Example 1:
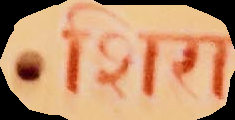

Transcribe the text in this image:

शिरा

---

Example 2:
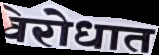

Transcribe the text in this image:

विरोधात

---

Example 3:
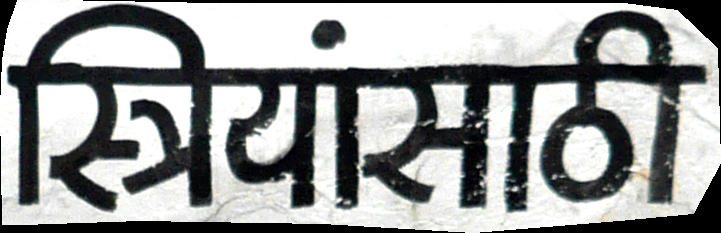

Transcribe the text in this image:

स्त्रियांसाठी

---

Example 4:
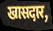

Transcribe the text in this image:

खासदार,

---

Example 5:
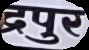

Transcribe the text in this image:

द्रपुर